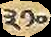
੩੭੦